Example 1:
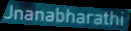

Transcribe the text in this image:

Jnanabharathi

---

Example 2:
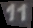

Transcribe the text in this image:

11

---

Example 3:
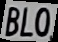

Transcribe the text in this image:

BLO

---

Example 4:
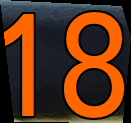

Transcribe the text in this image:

18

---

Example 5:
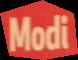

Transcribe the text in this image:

Modi